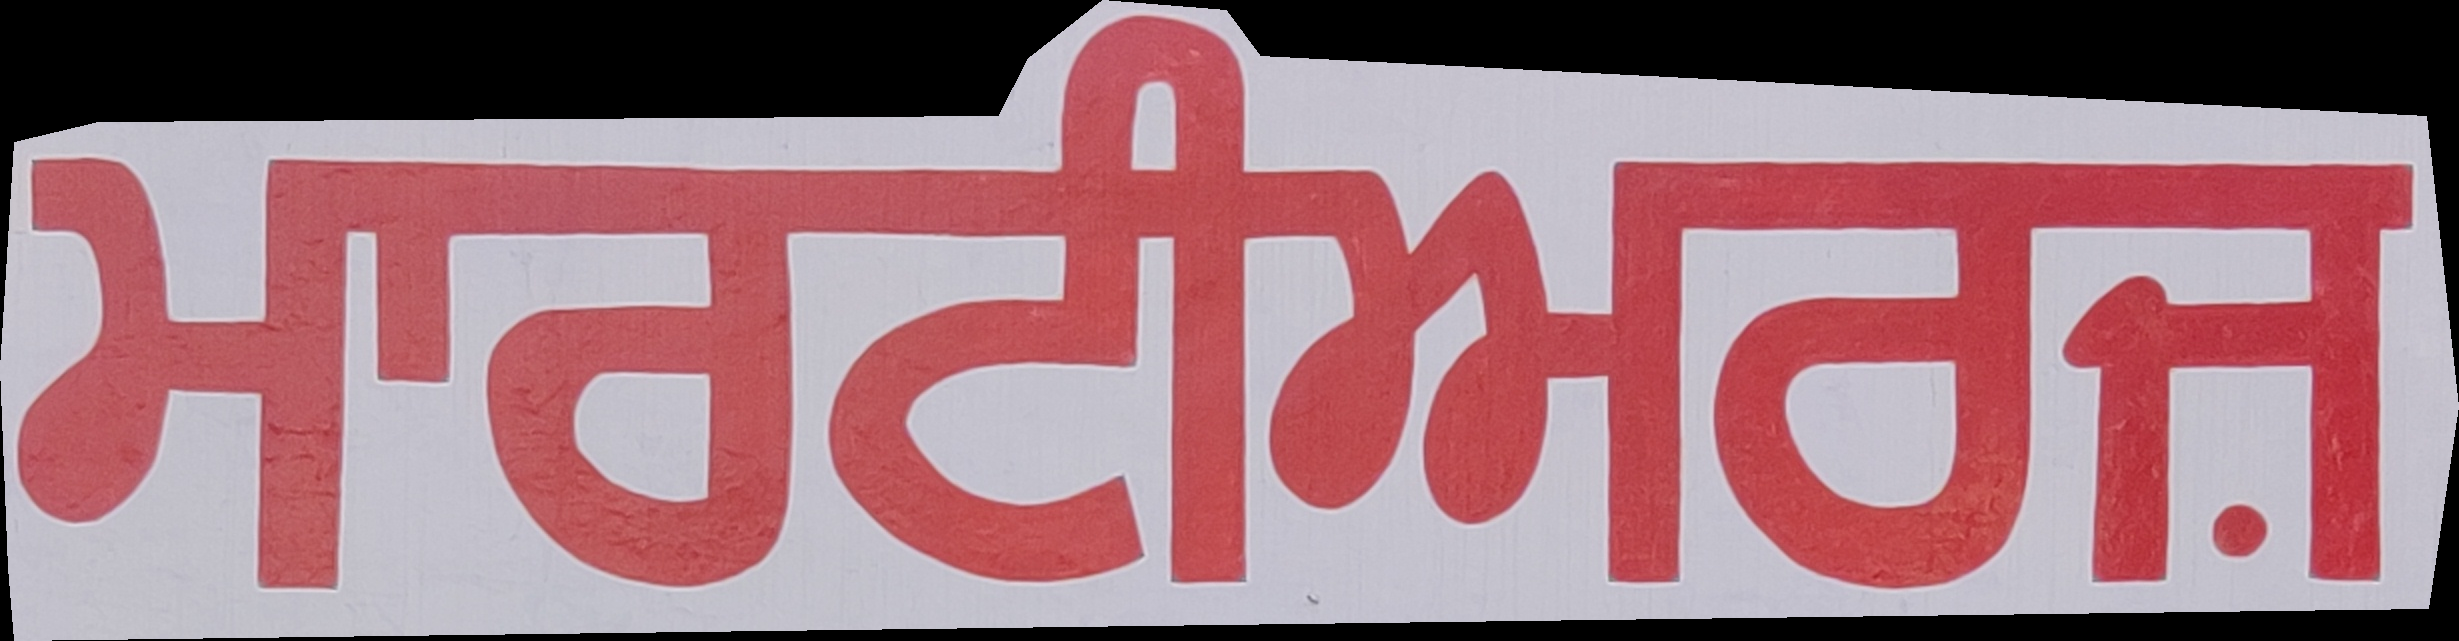
ਮਾਰਟੀਅਰਜ਼